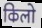
किलो